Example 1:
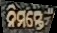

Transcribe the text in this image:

ନିମନ୍ତେ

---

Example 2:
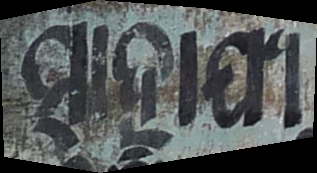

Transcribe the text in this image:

ସାଦାଯା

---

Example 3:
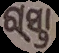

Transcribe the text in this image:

ରାସ୍ତା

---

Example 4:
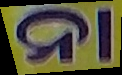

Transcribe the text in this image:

ନା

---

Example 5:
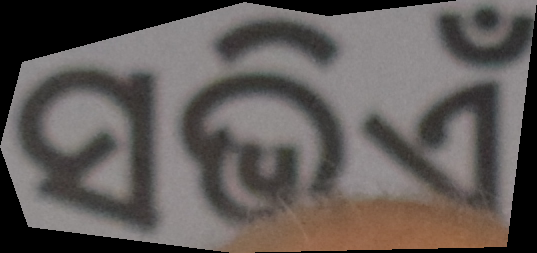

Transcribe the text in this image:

ସଭିଏଁ